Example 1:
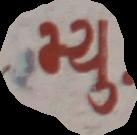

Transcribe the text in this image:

મ્યુ.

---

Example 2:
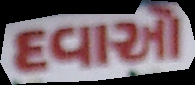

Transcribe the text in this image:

દવાઓ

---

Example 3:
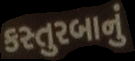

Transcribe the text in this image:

કસ્તુરબાનું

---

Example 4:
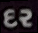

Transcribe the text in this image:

દર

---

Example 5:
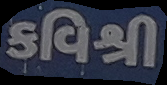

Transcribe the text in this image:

કવિશ્રી